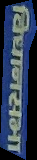
विधानसभा